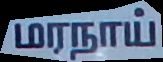
மரநாய்